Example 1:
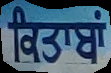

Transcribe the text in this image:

ਕਿਤਾਬਾਂ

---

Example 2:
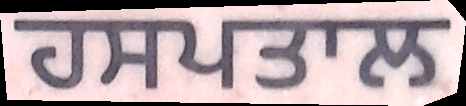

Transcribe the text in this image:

ਹਸਪਤਾਲ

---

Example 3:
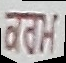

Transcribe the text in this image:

ਕਰਮ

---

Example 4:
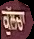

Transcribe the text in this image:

ਕੁੱਲਚਾ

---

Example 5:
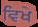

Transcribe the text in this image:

ਵਿਖੇ